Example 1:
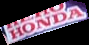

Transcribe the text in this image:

HONDA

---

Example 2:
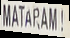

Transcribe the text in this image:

MATARAM!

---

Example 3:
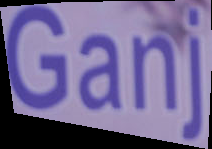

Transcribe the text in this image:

Ganj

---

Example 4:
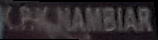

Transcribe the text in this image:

K.P.K.NAMBIAR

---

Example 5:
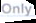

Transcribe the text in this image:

Only